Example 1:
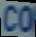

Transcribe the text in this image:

CO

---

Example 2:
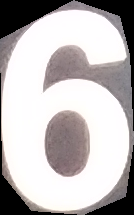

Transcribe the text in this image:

6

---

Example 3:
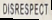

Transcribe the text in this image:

DISRESPECT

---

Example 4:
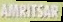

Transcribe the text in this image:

AMRITSAR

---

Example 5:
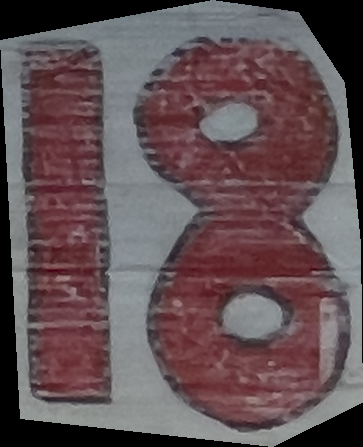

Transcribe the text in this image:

18